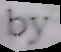
by